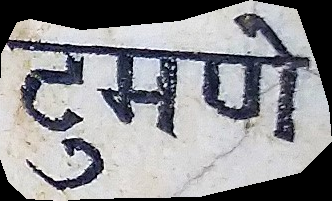
टुमणे